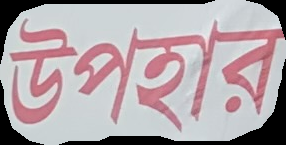
উপহার